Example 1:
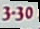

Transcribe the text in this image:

3-30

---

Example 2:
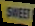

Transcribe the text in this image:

SWEET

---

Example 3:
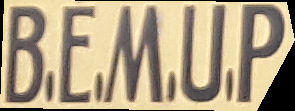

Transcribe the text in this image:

B.E.M.U.P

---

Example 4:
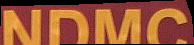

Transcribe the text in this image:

NDMC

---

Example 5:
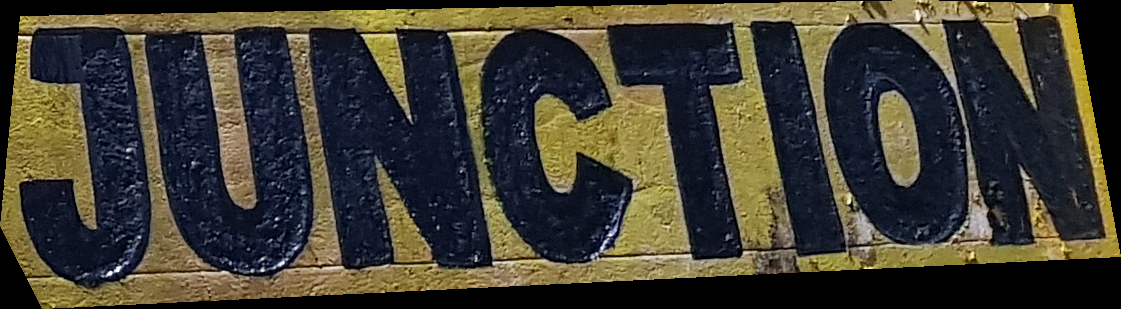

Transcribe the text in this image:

JUNCTION